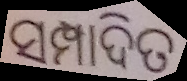
ସମ୍ପାଦିତ